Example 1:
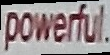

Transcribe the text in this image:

powerful.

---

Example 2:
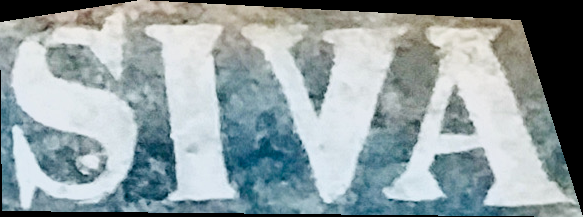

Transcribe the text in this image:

SIVA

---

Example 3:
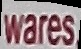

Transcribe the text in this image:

wares,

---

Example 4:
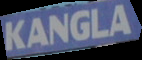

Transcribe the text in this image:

KANGLA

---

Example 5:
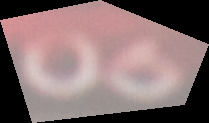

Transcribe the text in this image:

06